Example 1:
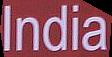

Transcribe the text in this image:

India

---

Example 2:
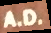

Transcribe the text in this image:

A.D.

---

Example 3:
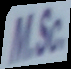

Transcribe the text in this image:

M.Sc.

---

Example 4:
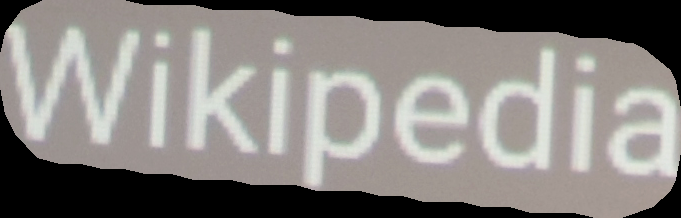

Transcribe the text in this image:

Wikipedia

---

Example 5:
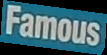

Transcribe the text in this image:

Famous